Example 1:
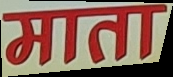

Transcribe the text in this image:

माता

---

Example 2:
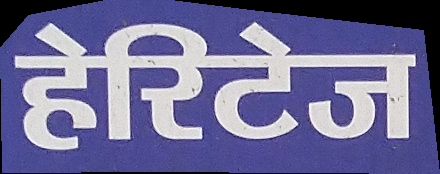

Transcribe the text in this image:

हेरिटेज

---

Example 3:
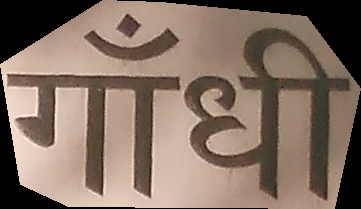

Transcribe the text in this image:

गाँधी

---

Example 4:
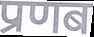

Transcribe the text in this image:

प्रणब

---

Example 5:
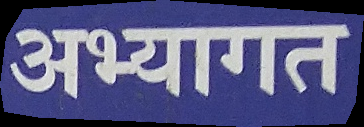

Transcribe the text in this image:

अभ्यागत